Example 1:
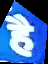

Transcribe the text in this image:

है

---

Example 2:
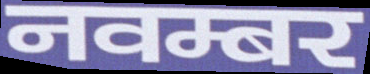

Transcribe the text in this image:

नवम्बर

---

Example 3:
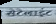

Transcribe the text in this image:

सेटेलाईट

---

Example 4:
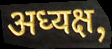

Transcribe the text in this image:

अध्यक्ष,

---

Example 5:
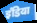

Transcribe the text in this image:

इंडिया